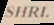
SHRI.